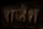
राजेश